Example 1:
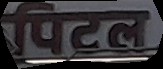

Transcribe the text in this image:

पिटल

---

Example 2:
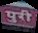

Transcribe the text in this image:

पुरी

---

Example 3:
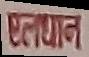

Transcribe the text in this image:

एलधान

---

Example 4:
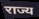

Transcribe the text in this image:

राज्य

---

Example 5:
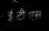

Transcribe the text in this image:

ई टी एस